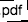
pdf